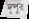
দুপূর